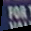
FOR